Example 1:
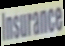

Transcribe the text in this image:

Insurance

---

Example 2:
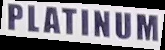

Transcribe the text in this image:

PLATINUM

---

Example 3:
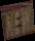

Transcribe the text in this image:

NEW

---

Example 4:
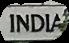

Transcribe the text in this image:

INDIA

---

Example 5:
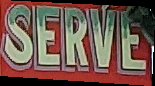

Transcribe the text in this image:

SERVE